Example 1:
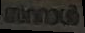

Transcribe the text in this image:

സറാൾ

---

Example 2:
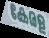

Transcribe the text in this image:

കേരള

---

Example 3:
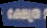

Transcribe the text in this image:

ക്ഷേത്ര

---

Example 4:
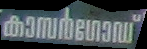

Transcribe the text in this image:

കാസർഗോഡ്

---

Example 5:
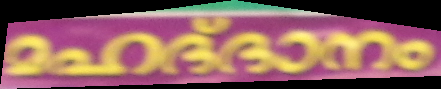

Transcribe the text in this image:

മഹദ്‌ദാനം